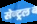
सेन्ट्रल